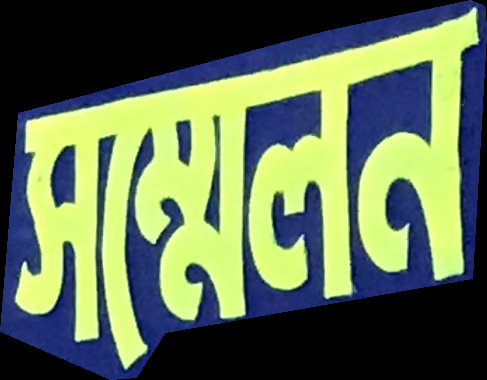
সম্মেলন